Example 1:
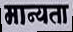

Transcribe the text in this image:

मान्यता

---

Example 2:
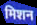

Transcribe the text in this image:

मिशन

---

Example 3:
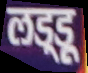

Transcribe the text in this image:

लड्डू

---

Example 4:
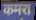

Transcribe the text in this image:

कमरा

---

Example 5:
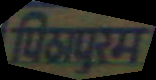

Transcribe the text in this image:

पिठापुरम